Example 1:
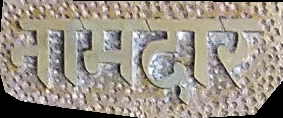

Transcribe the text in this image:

नामदार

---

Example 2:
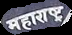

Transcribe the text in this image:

महाराष्‍ट्र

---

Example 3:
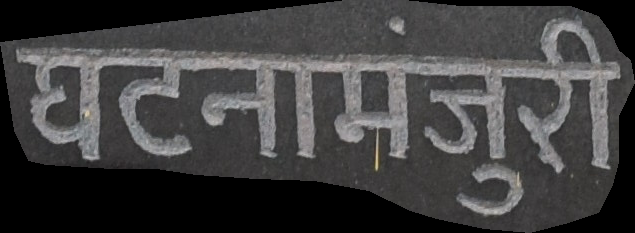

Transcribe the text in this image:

घटनामंजुरी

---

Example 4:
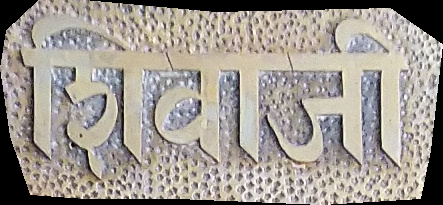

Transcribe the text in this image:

शिवाजी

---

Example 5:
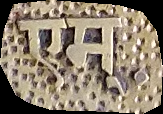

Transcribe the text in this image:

एम्.